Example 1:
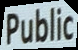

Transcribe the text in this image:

Public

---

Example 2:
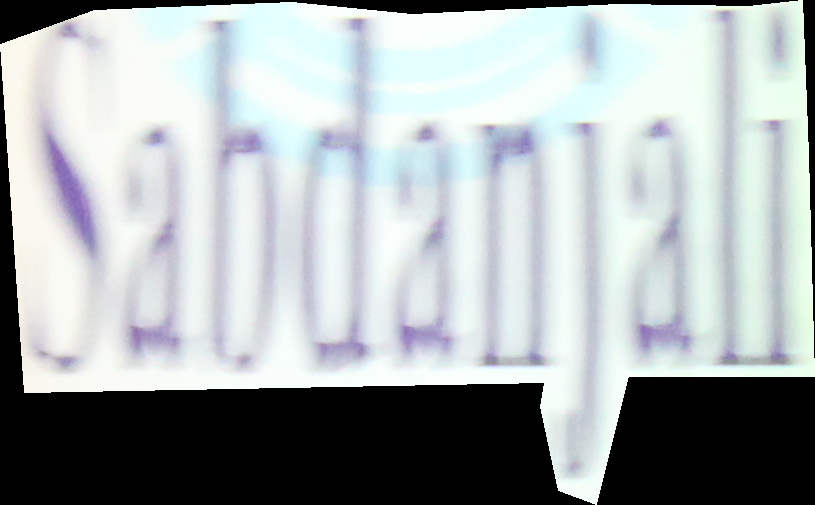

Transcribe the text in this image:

Sabdanjali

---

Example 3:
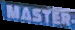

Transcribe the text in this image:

MASTER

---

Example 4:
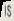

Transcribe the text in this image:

IS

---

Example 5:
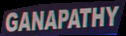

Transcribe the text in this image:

GANAPATHY